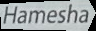
Hamesha